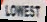
LOWEST